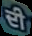
ਦੀ